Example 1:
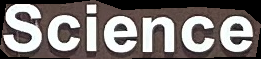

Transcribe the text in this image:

Science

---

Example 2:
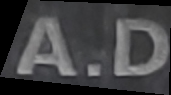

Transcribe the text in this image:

A.D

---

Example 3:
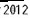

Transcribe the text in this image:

2012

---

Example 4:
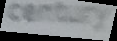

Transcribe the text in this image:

century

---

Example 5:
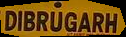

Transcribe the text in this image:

DIBRUGARH